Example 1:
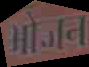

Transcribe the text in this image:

भोजन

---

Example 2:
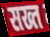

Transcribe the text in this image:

सख्त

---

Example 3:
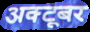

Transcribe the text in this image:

अक्टूबर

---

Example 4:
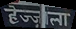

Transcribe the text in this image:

हेज्जा़ला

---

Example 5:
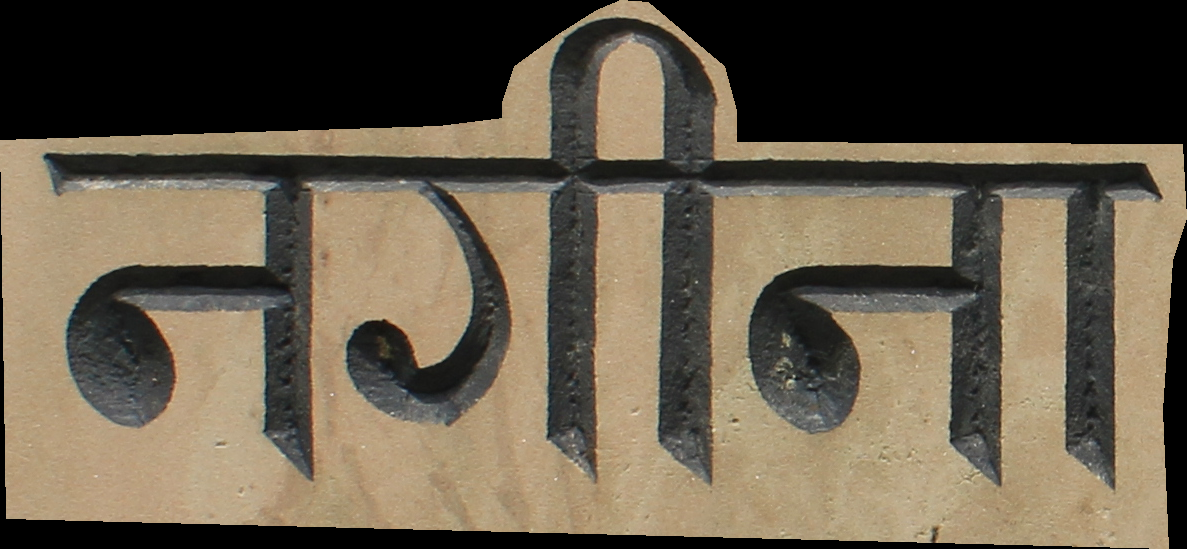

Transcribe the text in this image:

नगीना